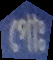
পোঃ